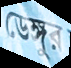
ডেঙ্গুর